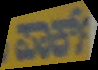
ಪಾಕ್